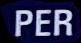
PER